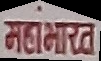
महाभारत